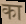
का